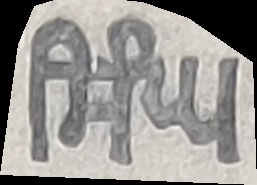
ਸਿੰਘ